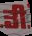
ਡੀ